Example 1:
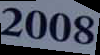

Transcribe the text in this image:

2008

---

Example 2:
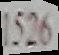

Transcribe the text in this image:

1526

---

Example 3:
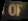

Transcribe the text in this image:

OF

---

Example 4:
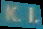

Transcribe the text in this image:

K.I.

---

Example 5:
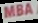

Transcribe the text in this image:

MBA